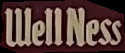
WellNess